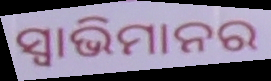
ସ୍ଵାଭିମାନର